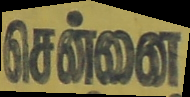
எசன்னை